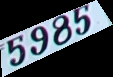
3AN5985